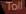
Toll